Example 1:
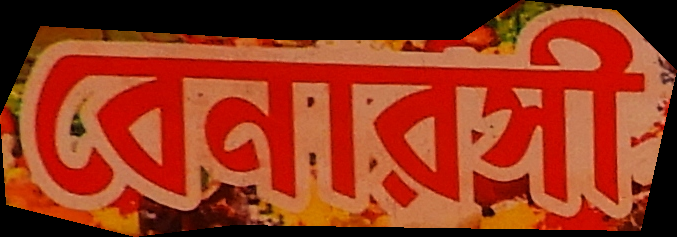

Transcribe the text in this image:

বেনাৱসী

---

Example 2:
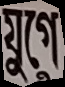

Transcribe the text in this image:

যুগে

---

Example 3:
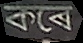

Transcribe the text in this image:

কৰে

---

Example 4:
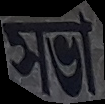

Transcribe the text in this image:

সভা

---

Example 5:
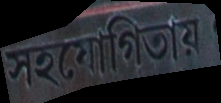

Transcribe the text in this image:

সহযোগিতায়